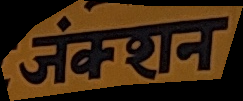
जंक्शन